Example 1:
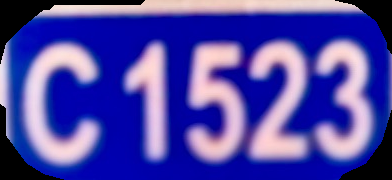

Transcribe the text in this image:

C1523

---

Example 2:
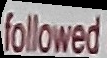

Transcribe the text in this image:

followed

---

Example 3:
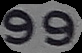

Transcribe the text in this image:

99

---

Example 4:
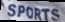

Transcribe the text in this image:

SPORTS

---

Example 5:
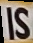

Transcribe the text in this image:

IS